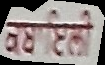
ਕਬਾਇਲੀ